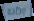
De